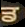
ਡ